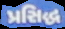
પ્રસિદ્ધ